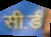
सी.डी